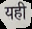
यही